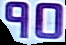
૧0